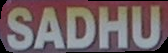
SADHU